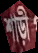
শাড়ী